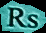
Rs